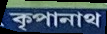
কৃপানাথ